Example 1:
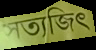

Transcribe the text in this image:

সত্যজিৎ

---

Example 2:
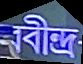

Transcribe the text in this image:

রবীন্দ্র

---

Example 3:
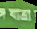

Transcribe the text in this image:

যাত্রা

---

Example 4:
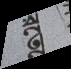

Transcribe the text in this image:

সুরতেজে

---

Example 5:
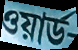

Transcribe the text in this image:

ওয়ার্ড